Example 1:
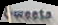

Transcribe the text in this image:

weets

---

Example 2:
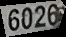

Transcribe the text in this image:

6026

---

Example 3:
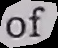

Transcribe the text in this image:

of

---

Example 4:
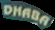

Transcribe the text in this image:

DHABA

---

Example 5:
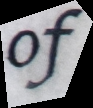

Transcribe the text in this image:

of